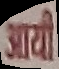
आयी